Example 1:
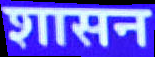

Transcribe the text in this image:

शासन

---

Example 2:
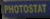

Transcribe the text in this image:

१९९१९३९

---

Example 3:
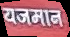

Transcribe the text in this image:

यजमान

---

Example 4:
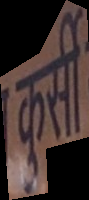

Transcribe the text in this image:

कुर्सी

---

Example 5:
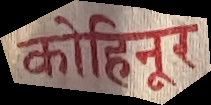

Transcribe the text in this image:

कोहिनूर